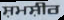
ਸ਼ਮਸ਼ੀਰ